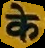
के